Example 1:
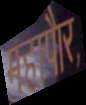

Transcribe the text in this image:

महापैार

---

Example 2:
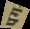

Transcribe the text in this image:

पग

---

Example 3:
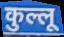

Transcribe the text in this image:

कुल्लू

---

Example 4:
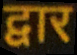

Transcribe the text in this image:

द्वार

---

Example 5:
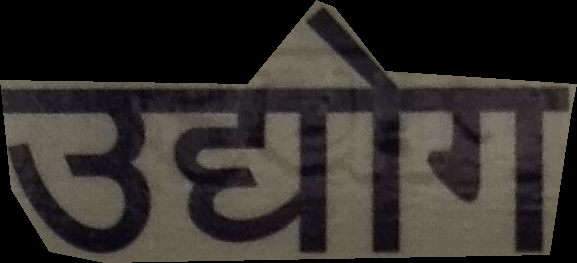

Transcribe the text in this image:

उद्योग